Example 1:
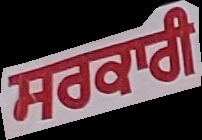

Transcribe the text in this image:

ਸਰਕਾਰੀ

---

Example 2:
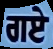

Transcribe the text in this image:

ਗਏ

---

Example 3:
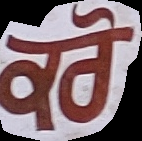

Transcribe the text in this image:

ਕਰੋ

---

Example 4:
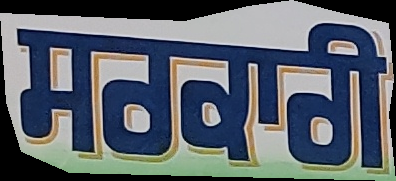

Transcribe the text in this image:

ਸਰਕਾਰੀ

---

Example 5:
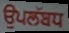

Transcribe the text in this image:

ਉਪਲੱਬਧ